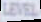
LEVEL